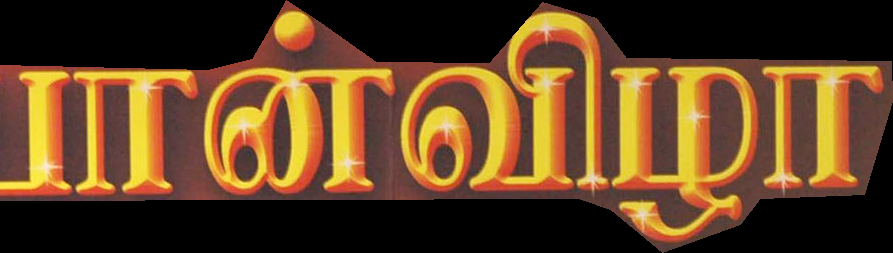
பான்விழா